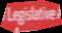
Legislative